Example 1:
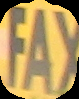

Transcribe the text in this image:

FAX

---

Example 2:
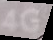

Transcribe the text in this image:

4G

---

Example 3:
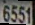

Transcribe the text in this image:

6551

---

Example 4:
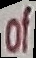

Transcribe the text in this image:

of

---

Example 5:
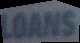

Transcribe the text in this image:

LOANS